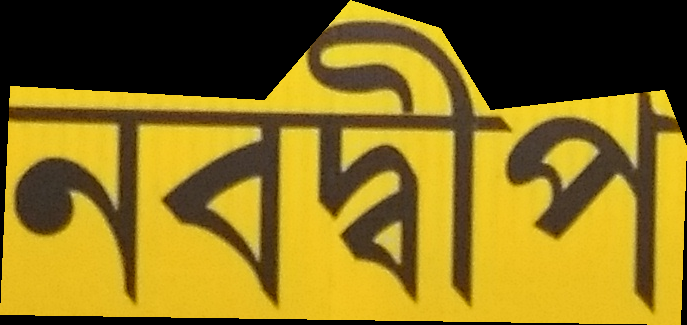
নবদ্বীপ